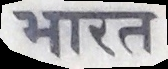
भारत